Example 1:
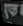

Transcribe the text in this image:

एक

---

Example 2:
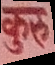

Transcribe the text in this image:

कुरु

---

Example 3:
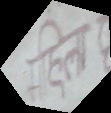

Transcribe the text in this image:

महिला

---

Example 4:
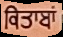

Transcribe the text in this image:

विउग्घां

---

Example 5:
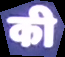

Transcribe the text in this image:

की